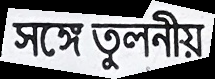
সঙ্গে তুলনীয়